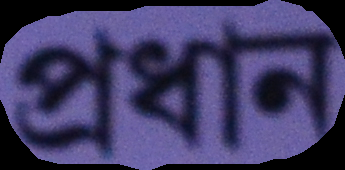
প্ৰধান